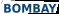
BOMBAY